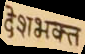
देशभक्त